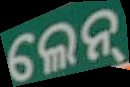
ଲେନ୍